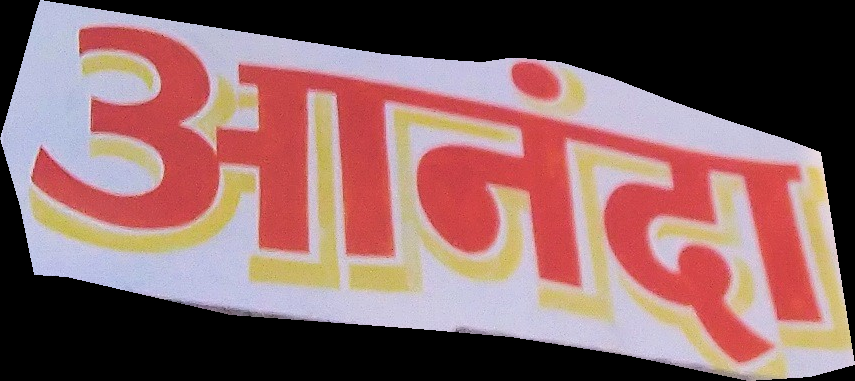
आनंदा